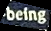
-being